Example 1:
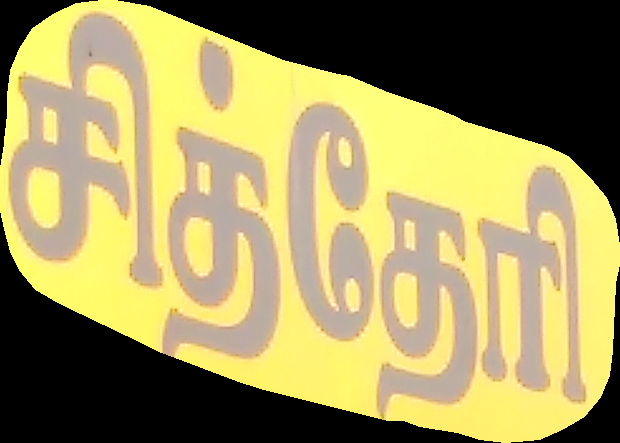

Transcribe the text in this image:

சித்தோி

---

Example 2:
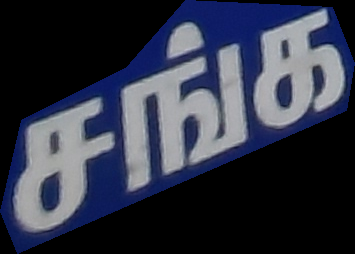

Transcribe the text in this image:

சங்க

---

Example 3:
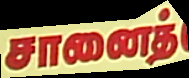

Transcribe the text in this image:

சானைத்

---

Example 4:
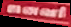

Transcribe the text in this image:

ஜனவரி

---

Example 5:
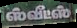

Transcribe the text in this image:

ஸ்வீட்ஸ்